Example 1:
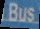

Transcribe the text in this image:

Bus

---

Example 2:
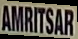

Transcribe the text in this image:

AMRITSAR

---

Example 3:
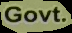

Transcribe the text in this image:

Govt.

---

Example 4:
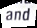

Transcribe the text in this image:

and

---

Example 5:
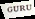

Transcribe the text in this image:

GURU